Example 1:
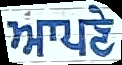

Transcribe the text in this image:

ਆਪਣੇ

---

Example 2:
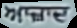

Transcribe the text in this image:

ਆਜ਼ਾਦ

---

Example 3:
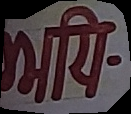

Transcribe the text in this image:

ਅਧਿ-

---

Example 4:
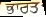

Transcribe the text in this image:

ਭਾਰਤ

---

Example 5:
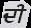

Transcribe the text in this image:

ਦੀ